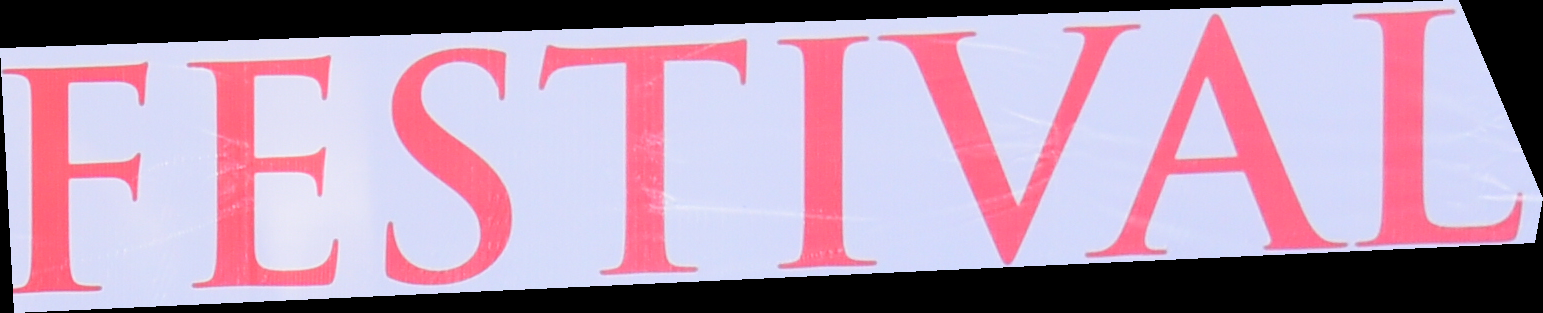
FESTIVAL